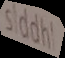
slddh!